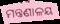
ମନ୍ତ୍ରଣାଳୟ